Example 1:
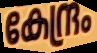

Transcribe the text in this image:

കേന്ദ്രം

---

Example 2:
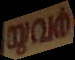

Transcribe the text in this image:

യുവ൪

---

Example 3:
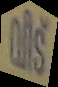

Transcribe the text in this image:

വിട്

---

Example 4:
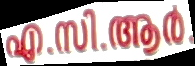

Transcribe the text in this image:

എ.സി.ആർ.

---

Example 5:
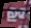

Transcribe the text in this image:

൧൯൯൪